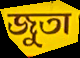
জুতা